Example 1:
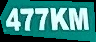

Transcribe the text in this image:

477KM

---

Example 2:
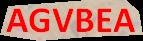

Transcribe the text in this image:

AGVBEA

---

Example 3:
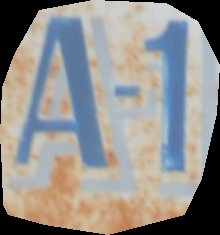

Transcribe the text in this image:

A-1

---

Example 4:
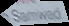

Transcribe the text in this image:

Samwed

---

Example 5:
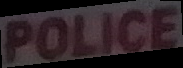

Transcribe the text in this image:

POLICE